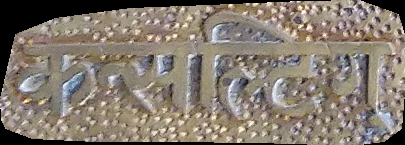
कन्सल्टिग्